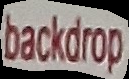
backdrop